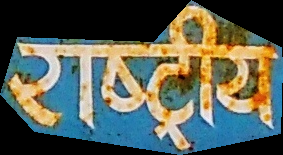
राष्ट्रीय